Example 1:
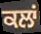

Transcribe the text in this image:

ਕਲਾਂ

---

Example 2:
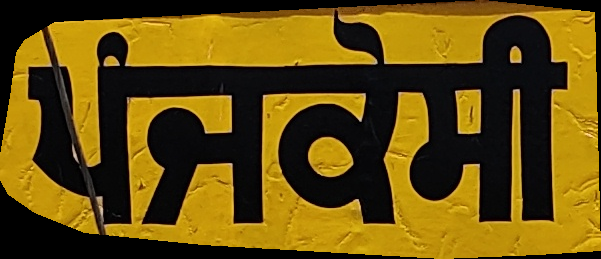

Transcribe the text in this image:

ਪੰਜਕੇਸੀ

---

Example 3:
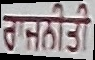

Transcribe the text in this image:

ਰਾਜਨੀਤੀ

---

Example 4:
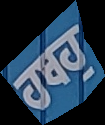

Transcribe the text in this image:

ਹਥਹੁ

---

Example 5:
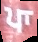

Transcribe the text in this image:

ਪਾ